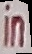
in